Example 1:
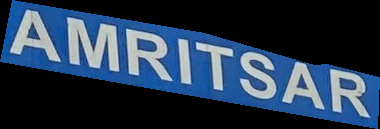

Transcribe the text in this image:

AMRITSAR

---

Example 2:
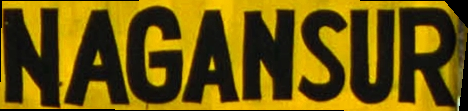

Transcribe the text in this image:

NAGANSUR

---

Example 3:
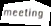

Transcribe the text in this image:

meeting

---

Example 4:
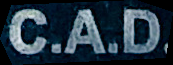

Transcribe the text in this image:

C.A.D.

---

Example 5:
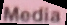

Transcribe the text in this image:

Media